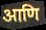
आणि